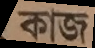
কাজ